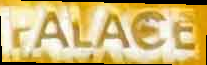
PALACE